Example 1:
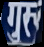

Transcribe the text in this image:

गुरू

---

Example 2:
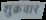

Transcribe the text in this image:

शुक्रवार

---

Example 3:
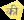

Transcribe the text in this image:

की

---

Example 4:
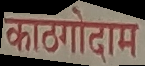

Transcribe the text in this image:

काठगोदाम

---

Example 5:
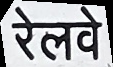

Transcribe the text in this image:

रेलवे